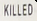
KILLED